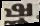
ഷ